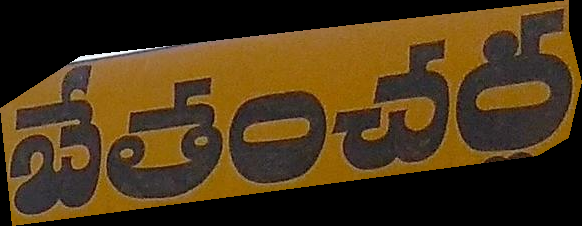
బేతంచర్ల